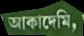
আকাদেমি,